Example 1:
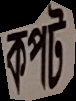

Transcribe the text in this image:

কপট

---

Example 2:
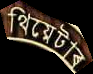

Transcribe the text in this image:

থিয়েটাৰ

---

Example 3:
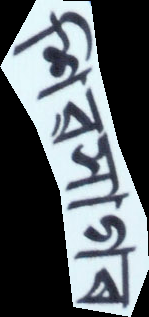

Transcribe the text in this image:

শিৱসাগৰ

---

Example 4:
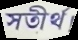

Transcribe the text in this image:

সতীৰ্থ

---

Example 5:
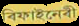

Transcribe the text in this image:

বিফাইনেৰী